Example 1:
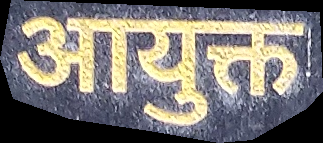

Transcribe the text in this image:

आयुक्त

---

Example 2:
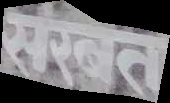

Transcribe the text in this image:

संरबत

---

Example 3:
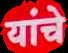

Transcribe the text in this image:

यांचे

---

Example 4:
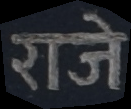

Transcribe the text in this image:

राजे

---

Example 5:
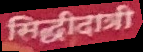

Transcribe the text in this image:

सिद्धीदात्री